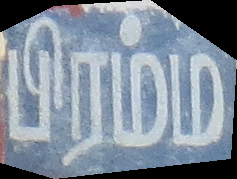
பிரம்ம